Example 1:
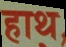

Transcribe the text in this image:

हाथ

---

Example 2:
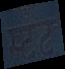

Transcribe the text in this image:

स्टेट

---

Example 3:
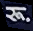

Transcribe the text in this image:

रू‍.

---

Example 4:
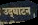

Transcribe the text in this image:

उद्घाटन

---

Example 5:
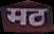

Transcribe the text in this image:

मठ